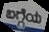
ಬಗ್ಗೆಯ